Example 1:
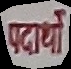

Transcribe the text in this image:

पदार्थो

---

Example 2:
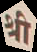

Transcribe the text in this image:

श्री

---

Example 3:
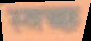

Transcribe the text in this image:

स्वच्छ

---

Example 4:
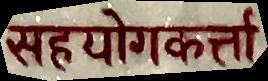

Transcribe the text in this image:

सहयोगकर्त्ता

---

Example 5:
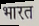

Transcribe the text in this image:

भारत